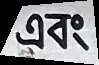
এবং